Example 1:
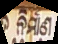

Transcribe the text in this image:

ନିର୍ମାଣ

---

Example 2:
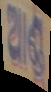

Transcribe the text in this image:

ଆଣ୍ତ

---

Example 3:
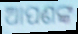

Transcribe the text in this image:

ଆପଣଙ୍କ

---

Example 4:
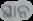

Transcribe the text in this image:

ସ୍ଥାନ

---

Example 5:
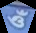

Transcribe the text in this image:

ଓଁ